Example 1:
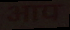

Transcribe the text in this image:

आप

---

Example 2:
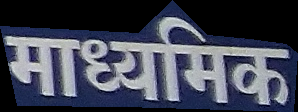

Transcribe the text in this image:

माध्यमिक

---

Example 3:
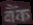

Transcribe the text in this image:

बैंक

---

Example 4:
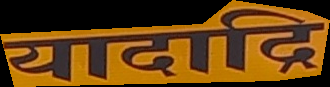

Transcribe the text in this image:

यादाद्रि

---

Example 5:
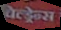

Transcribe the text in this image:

वेल्ड्रेन्स